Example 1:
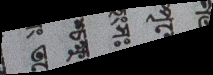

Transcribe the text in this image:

স্পৃশে হংসঃ অনশ্চক্ষুঃ মিমং তনে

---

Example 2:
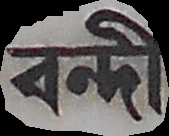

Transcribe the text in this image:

বন্দী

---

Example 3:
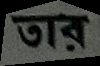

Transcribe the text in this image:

ডার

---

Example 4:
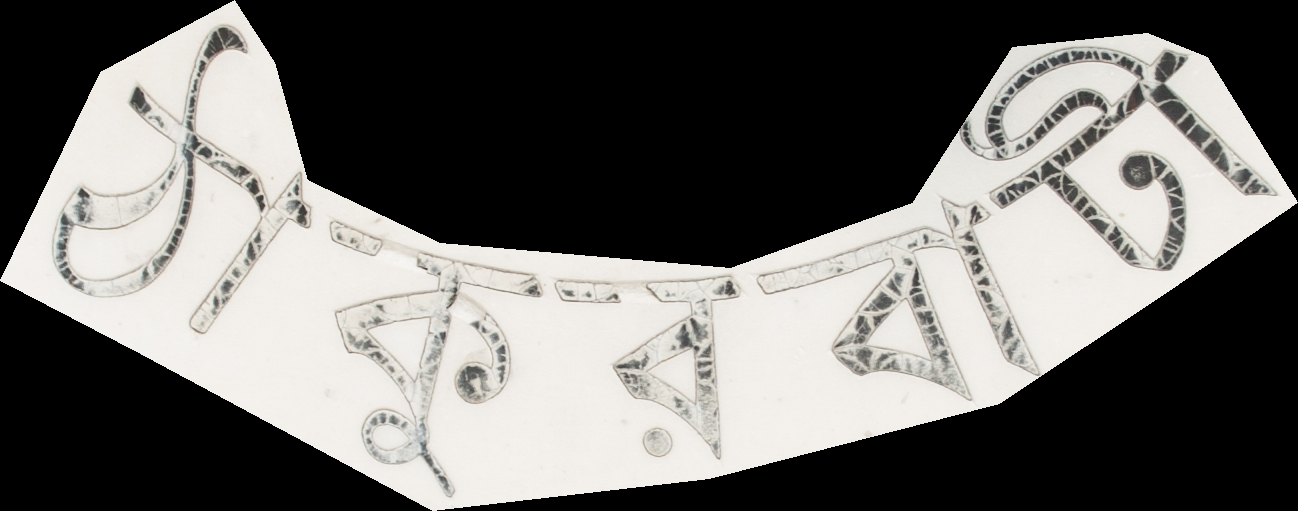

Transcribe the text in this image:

ঠাকুরবাঢী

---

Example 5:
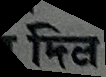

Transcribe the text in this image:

দিল